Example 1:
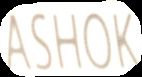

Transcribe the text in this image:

ASHOK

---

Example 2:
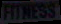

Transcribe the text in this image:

FITNESS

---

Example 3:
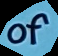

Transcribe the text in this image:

of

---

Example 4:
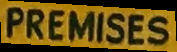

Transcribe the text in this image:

PREMISES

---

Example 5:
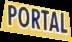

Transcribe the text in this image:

PORTAL